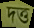
দত্ত